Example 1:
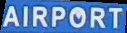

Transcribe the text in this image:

AIRPORT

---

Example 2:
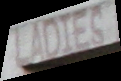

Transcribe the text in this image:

LADIES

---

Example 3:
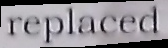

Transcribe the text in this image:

replaced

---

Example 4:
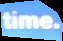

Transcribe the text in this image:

time.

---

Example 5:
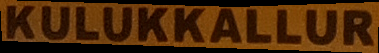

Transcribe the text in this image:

KULUKKALLUR